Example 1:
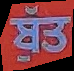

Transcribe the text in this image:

ਬੁੱਤ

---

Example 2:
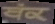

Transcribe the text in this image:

ਥੱਕ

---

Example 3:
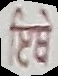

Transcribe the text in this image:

ਇਥੇ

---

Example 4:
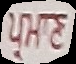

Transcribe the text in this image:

ਪ੍ਰਮਾਣ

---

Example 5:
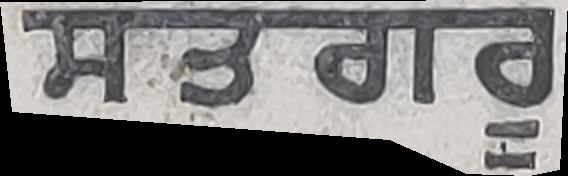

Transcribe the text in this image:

ਸਤਾਗਰੂ